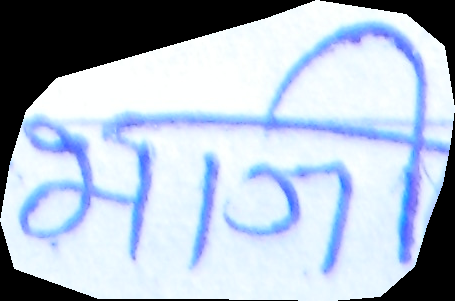
भजी